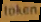
token